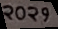
२0२१